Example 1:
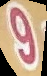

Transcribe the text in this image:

9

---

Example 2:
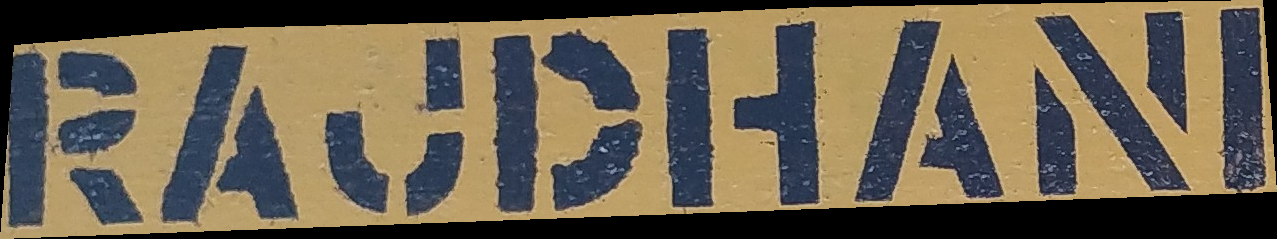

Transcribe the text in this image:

RAJDHANI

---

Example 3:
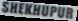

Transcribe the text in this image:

SHEKHUPUR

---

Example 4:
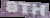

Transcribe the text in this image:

8TH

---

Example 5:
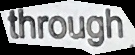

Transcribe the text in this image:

through